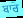
ਬਾਰੇ